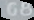
68